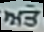
ਅਤੇ